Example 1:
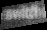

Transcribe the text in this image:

switch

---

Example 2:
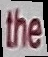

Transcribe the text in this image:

the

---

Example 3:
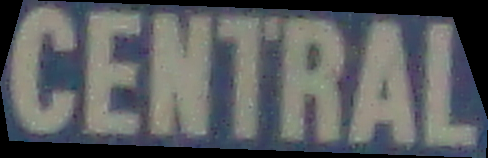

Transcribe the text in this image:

CENTRAL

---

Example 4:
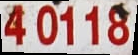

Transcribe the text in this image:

40118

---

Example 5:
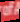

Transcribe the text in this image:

ofA